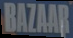
BAZAAR